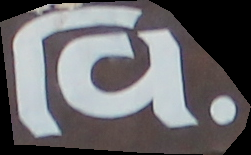
વિ.